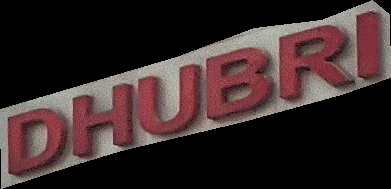
DHUBRI